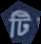
টি